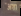
"अशा